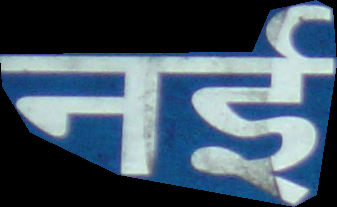
नई